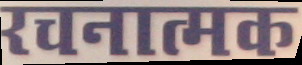
रचनात्मक